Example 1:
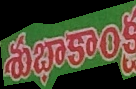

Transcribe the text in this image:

శుభాకాంక్ష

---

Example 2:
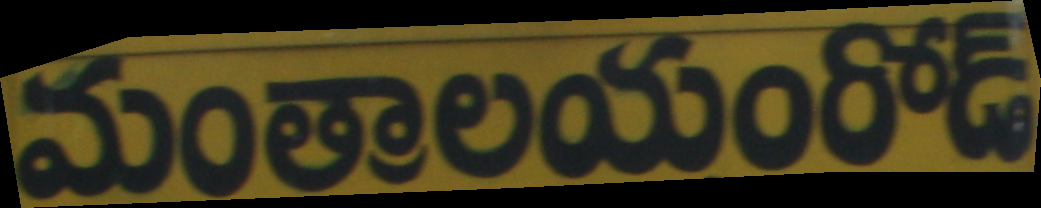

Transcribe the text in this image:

మంత్రాలయంరోడ్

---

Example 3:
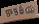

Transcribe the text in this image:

కాకతీయ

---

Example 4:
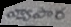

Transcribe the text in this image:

వ్యాపార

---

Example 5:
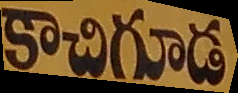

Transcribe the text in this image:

కాచిగూడ